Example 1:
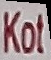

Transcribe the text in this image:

Kot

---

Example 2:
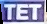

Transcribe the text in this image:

TET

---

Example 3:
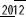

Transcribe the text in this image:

2012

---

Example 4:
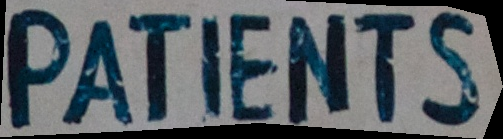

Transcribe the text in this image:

PATIENTS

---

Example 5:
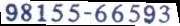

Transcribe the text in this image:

98155-66593